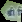
डी